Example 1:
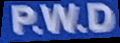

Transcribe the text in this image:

P.W.D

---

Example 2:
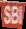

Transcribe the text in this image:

SBI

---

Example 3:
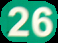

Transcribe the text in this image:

26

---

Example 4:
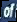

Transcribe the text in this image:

of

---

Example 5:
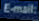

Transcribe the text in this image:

E-mail: